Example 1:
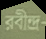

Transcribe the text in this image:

রবীন্দ্র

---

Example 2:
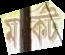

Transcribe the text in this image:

মার্কট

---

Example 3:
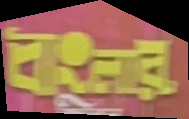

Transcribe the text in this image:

বাংলার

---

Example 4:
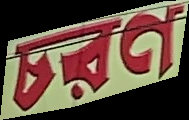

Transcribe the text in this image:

চরণ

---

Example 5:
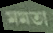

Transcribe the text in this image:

মমতা